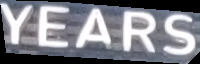
YEARS